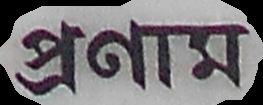
প্রণাম